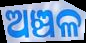
ଅଞ୍ଚଳ